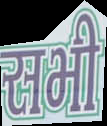
सभी